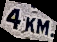
4KM.